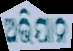
ଅଭିଯାନ